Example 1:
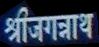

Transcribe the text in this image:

श्रीजगन्नाथ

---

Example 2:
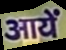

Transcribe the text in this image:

आयें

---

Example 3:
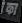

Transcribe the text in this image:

का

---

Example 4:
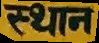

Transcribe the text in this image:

स्थान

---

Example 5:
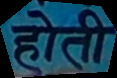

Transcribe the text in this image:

होती